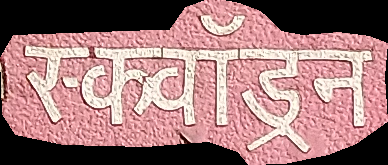
स्कवॉड्रन